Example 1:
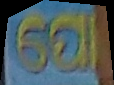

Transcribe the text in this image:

ପୋ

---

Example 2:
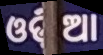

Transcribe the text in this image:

ଓଡ଼ିଆ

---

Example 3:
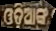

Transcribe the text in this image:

ଓଡ଼ିଆଙ୍କ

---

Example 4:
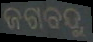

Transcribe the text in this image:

ଜଗଚଦୁ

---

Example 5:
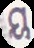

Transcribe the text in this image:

ୟ